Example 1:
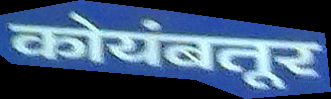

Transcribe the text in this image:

कोयंबतूर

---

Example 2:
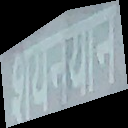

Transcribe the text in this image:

शयनयान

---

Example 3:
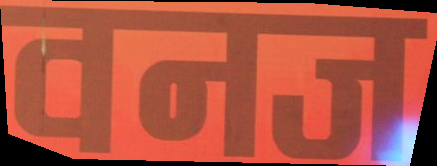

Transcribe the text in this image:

वनज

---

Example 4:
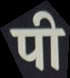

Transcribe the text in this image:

पी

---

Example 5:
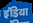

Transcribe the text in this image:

इंडिया